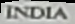
INDIA